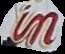
in